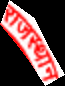
राजस्थान